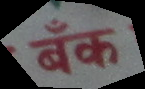
बँक